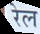
रेल